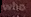
who